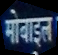
मोबाइल